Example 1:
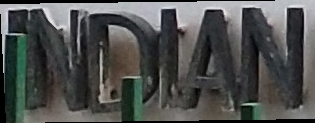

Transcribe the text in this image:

INDIAN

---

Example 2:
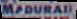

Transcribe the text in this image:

MADURAU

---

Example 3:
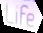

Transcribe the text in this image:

Life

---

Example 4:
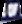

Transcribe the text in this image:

OF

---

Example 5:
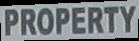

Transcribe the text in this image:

PROPERTY